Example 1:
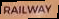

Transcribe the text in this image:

RAILWAY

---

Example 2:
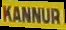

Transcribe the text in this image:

KANNUR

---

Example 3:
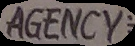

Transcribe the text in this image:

AGENCY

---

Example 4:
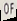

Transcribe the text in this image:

OF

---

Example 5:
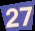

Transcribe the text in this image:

27